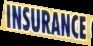
INSURANCE